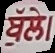
ਬੁੱਲੇ।